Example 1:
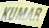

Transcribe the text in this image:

KUMAR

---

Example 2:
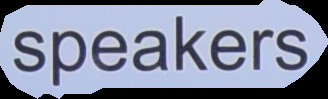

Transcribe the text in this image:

speakers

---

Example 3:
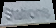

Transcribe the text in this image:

Stations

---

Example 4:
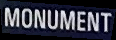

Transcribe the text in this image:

MONUMENT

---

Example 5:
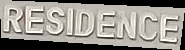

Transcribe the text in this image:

RESIDENCE